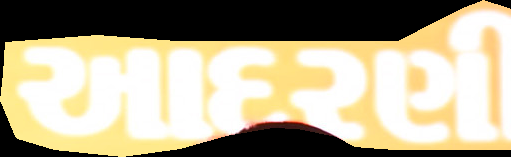
આદરણી